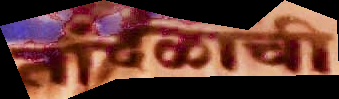
तांदळाची